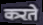
करते